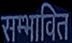
सम्भावित